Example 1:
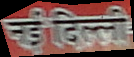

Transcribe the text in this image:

नई दिल्ली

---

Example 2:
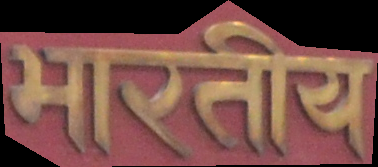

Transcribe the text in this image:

भारतीय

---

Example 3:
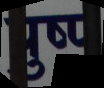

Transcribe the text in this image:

पुष्प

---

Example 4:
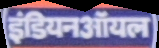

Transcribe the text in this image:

इंडियनऑयल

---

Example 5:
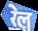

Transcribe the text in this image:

रेल